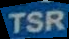
TSR